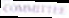
COMMITTEE